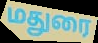
மதுரை